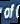
of